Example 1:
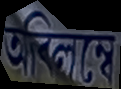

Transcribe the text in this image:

অবিলম্বে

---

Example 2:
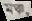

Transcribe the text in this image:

মঞ্চ,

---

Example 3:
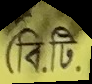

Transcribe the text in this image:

(বি.টি.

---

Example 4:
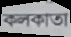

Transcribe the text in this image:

কলকাতা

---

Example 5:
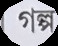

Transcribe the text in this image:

গল্প